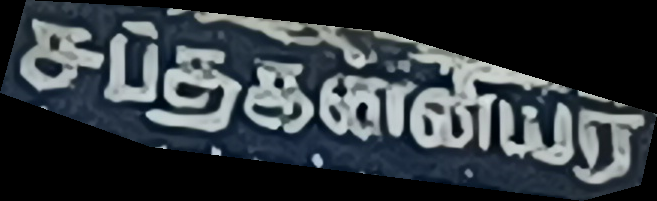
சப்தகன்னியர்